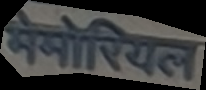
मेमोरियल